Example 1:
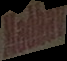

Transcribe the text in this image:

Madhav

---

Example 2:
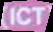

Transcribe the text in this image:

ICT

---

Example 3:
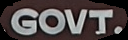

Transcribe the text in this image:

GOVT.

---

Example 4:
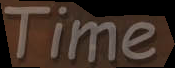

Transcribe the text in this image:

Time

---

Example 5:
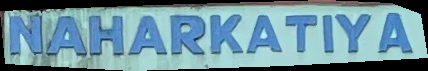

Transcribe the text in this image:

NAHARKATIYA